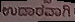
ಉದಾರವಾಗಿ